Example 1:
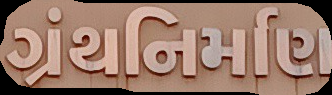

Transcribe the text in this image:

ગ્રંથનિર્માણ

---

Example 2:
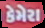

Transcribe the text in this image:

કેમેરા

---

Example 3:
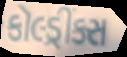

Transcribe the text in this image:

કોલ્ડ્રીકસ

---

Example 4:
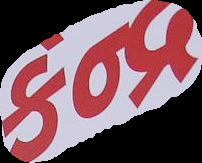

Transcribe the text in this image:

કેન્દ્ર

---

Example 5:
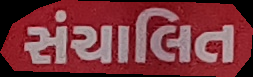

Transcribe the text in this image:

સંચાલિત